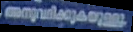
അനുവദിക്കുകയുള്ളു